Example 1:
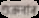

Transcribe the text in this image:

শুক্ৰবাৰ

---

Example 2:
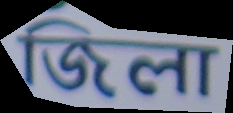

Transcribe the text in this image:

জিলা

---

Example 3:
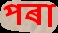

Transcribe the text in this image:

পৰা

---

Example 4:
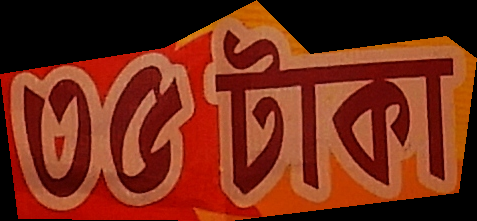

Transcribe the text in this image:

৩৫টাকা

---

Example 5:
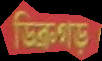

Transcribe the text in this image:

ডিব্ৰুগড়